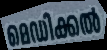
ദെഡിക്കൽ